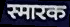
स्मारक